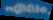
ഏലം